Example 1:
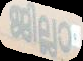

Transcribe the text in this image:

ജില്ലാ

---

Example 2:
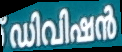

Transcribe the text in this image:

ഡിവിഷൻ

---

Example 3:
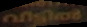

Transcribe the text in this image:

വിളിൽ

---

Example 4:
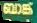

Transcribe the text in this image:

ബാങ്ക്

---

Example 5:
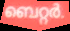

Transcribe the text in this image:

ബെറ്റർ